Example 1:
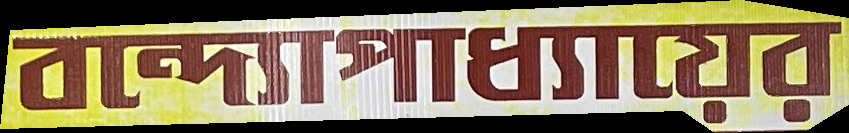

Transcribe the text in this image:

বন্দ্যোপাধ্যা ধ্যায়ের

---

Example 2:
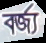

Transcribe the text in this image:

বর্জ্য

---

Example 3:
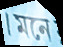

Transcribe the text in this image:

৷মনে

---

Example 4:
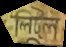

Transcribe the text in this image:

লিট্ল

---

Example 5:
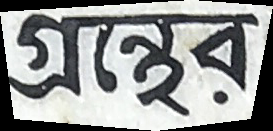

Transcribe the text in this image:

গ্রন্থের